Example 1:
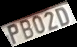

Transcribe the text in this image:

PB02D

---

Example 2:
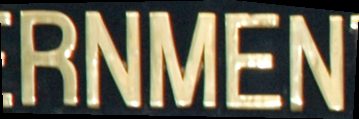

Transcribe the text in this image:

RNMEN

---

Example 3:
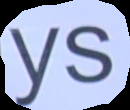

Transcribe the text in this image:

ys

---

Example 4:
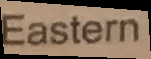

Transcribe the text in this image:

Eastern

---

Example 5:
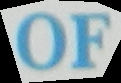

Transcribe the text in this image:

OF